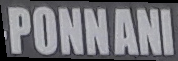
PONNANI